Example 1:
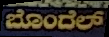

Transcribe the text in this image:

ಬೊಂದಲ್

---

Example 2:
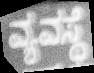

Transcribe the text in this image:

ವ್ಯವಸ್ಥ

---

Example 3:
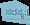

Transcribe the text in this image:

ಸದಸ್ಯಃ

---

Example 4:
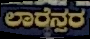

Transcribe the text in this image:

ಲಾರೆನ್ಸರ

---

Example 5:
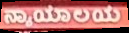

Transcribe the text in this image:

ನ್ಯಾಯಾಲಯ